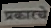
प्रकारचे